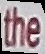
the